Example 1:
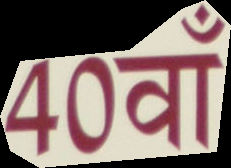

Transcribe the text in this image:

40वाँ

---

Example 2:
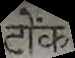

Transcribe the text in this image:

टोंक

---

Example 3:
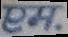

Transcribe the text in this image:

एम.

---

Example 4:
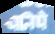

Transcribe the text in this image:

चलिये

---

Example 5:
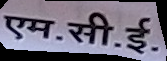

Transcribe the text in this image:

एम.सी.ई.